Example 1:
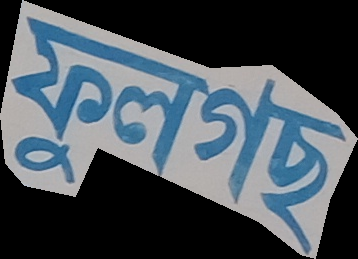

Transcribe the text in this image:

ফুলগছ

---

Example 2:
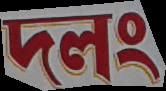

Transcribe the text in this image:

দলং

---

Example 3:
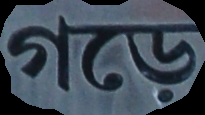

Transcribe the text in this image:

গড়ে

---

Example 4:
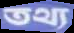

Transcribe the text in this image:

তথ্য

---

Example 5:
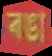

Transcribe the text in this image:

ৰঙা